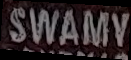
SWAMV